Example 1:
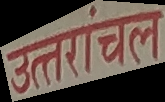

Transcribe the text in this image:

उत्‍तरांचल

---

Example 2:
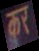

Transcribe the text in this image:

क‍र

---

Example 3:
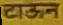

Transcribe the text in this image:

टाऊन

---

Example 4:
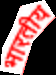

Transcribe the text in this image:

भारतीय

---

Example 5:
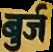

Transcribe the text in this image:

बुर्ज